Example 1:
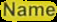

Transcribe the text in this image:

Name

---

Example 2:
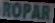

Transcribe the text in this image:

ROPAR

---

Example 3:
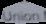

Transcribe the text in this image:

Union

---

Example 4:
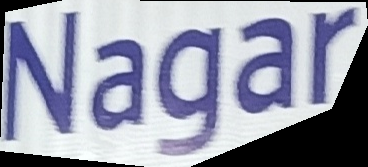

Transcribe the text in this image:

Nagar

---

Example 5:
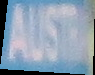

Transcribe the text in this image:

AUSTR